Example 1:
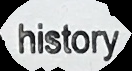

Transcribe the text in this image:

history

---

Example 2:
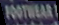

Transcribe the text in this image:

FOOTWEAR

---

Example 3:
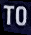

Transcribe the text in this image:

TO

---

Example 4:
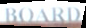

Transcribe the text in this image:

BOARD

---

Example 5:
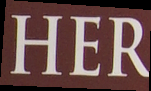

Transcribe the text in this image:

HER